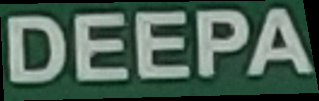
DEEPA